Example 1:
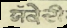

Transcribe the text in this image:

ਯੱਕੇਦੀ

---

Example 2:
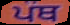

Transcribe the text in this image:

ਪੰਥ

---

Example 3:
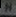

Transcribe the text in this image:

ਜ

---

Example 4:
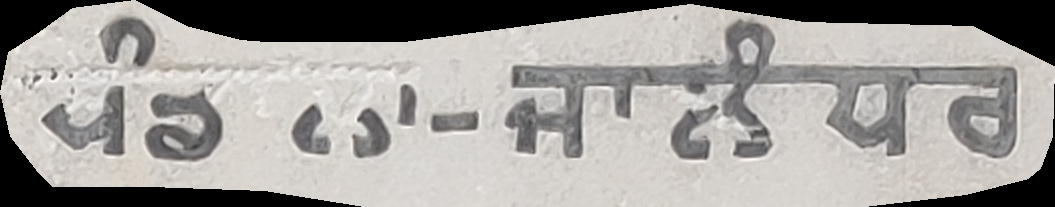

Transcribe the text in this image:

ਪੰਡਨਾ-ਜਾਲੰਧਰ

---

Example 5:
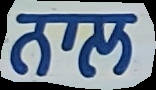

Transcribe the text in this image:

ਨਾਲ